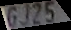
GJ25